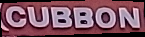
CUBBON